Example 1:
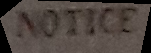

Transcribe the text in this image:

NOTICE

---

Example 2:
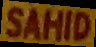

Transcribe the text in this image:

SAHID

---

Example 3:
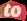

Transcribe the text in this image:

to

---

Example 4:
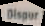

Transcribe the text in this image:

Dispur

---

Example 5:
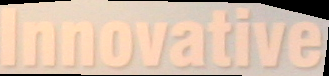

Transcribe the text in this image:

Innovative